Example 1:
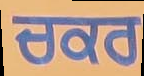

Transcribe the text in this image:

ਚਕਰ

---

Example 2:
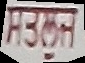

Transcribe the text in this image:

ਸਤਲੁਜ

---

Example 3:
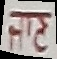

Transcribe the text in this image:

ਜਾਣ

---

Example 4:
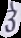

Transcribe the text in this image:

ਤੇ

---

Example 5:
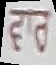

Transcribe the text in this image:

ਵਾਰ